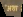
"अशा